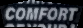
COMFORT